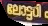
ലോട്ടറിം